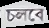
চলবে